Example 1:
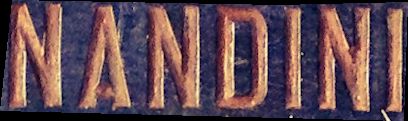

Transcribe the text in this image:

NANDINI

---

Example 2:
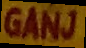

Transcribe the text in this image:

GANJ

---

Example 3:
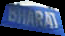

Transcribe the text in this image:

BHARAT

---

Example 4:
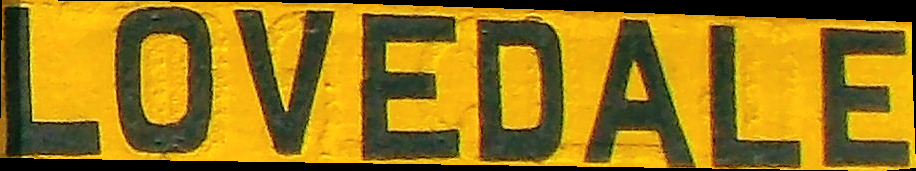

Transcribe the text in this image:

LOVEDALE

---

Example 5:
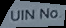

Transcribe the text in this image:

UINNO